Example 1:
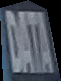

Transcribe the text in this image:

DATA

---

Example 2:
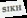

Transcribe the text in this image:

SIKH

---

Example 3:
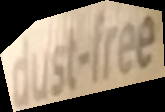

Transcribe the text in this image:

dust-free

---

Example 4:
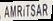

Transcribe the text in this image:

AMRITSAR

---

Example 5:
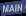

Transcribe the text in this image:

MAIN